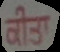
ਕੀਤਾ